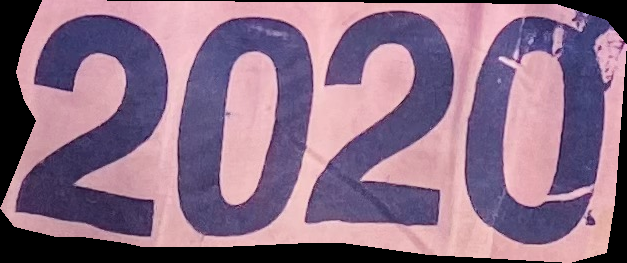
2020